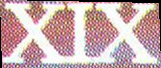
XIX